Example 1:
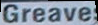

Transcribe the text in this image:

Greave:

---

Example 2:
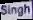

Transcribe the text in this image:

Singh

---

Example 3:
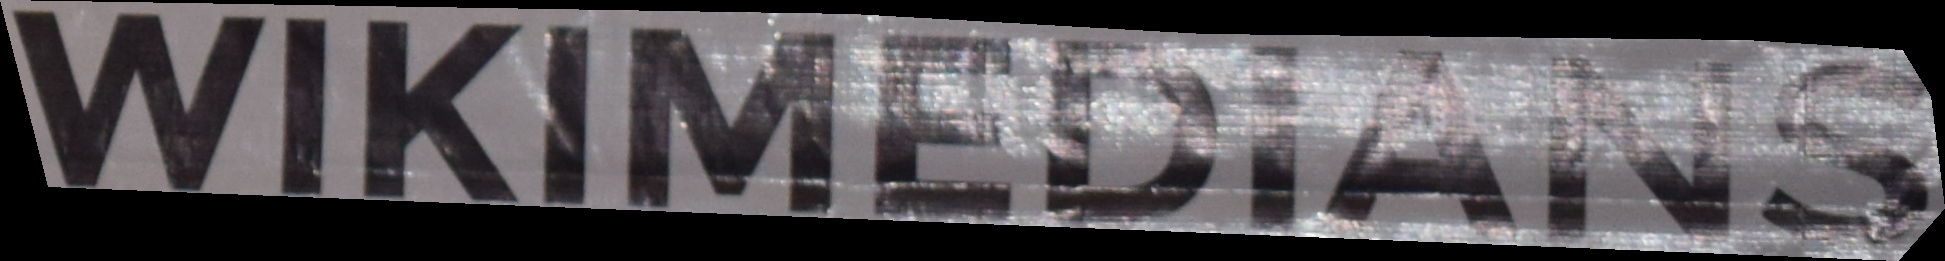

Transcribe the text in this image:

WIKIMEDIANS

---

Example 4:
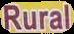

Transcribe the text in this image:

Rural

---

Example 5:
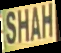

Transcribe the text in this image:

SHAH